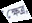
ক্ষেত্র,